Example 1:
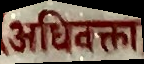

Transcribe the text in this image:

अधिवक्ता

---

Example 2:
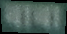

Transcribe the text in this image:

बाबा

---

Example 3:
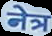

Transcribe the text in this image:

नेत्र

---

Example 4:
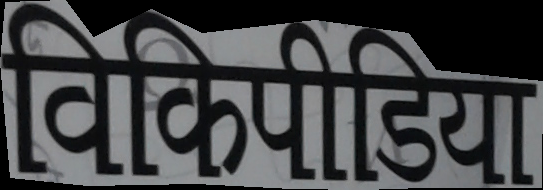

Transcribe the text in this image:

विकिपीडिया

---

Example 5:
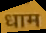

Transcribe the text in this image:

धाम